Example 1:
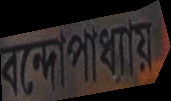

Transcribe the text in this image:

বন্দোপাধ্যায়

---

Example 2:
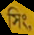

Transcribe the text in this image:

সিং,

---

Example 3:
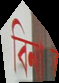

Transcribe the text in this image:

বিনা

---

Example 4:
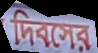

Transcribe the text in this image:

দিবসের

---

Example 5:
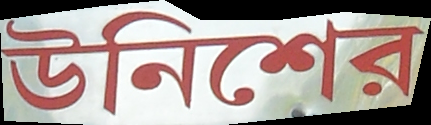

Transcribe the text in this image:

উনিশের